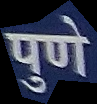
पुणे